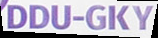
DDU-GKY